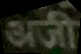
अजी